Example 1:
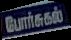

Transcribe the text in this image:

போா்சுகல்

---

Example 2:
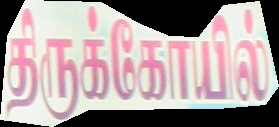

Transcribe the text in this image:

திருக்கோயில்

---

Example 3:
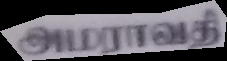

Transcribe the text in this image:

அமராவதி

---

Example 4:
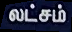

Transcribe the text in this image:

லட்சம்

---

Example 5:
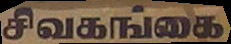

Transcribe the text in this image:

சிவகங்கை